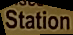
Station